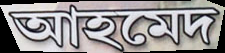
আহমেদ